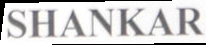
SHANKAR